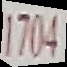
1704